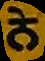
ਨੇ